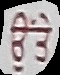
ਉੱਤੇ